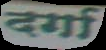
दर्गा